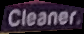
Cleaner